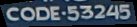
CODE.53245